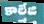
కాలేజి